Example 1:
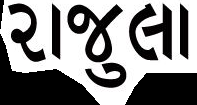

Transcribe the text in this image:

રાજુલા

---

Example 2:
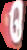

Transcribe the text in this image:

ે૧૩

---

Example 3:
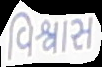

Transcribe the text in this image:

વિશ્વાસ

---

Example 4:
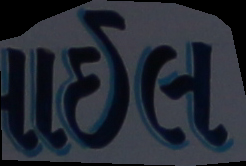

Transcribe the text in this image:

પાઈલ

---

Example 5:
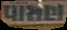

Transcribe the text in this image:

વાસણ